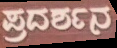
ಪ್ರದರ್ಶನ